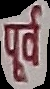
पूर्व